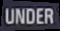
UNDER